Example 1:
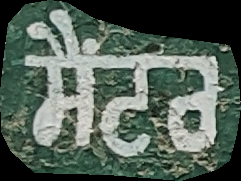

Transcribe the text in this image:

ਸੈਂਟਰ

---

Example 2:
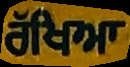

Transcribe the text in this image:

ਰੱਖਿਆ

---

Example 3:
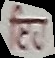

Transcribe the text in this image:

ਇਹ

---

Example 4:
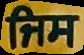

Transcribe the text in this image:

ਜਿਸ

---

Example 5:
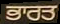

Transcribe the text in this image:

ਭਾਰਤ